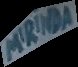
MIRINDA